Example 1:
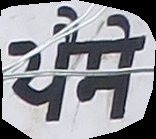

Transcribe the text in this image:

ਪੈਸੇ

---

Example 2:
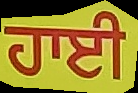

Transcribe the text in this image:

ਹਾਈ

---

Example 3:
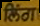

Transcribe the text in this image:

ਲਿਂਗ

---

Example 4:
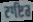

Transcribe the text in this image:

ਟਾਇਰ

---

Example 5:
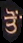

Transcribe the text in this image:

ਤੋਂ